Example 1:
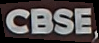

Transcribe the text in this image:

CBSE,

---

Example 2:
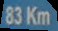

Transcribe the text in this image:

83Km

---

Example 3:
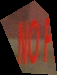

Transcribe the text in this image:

NO P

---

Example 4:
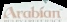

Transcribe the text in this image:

Arabian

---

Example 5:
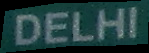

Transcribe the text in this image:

DELHI